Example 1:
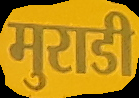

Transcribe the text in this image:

मुराडी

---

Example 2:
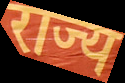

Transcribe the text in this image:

राज्य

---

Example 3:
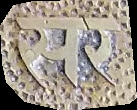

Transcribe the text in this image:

सर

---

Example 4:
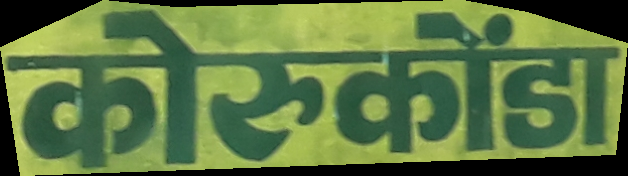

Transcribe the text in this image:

कोरुकोंडा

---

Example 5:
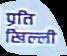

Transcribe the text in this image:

प्रति खिल्ली